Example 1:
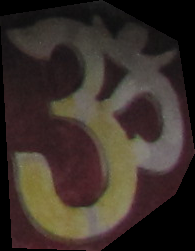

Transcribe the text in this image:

ॐ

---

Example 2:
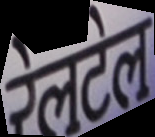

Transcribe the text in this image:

रेलटेल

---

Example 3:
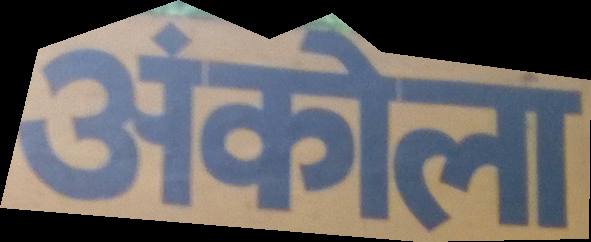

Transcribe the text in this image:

अंकोला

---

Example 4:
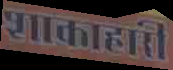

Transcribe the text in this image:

शाकाहारी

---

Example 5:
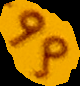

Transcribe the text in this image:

१९